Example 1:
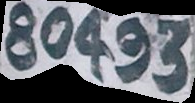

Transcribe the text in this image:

80493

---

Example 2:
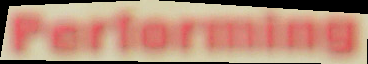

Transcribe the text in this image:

Performing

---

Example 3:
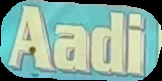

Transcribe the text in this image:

Aadi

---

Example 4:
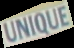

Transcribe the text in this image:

UNIQUE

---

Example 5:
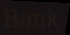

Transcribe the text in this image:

Bank